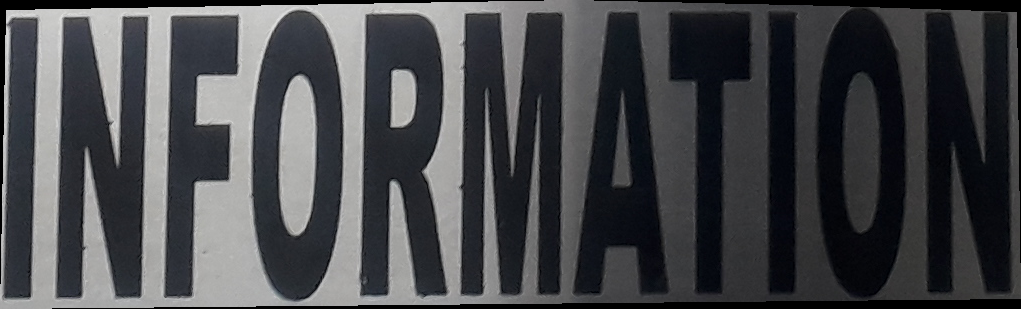
INFORMATION